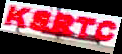
KSRTC